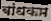
बांधकम